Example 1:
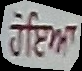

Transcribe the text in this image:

ਹੋਇਆ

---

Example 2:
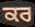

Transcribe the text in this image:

ਕਰ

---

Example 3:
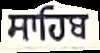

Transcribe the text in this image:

ਸਾਹਿਬ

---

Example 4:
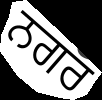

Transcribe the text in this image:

ਨਗਰ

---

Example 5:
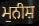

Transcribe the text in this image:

ਮੁਨੀਸ਼